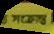
সংক্রান্ত